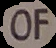
OF